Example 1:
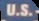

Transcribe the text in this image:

U.S.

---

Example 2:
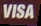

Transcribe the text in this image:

VISA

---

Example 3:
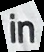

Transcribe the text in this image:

in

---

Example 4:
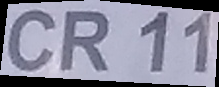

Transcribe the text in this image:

CR11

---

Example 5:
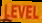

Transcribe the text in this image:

LEVEL